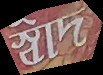
স্বাদ